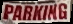
PARKING